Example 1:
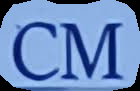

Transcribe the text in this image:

CM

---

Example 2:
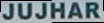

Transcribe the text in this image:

JUJHAR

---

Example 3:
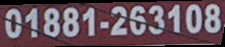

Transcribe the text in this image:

01881-263108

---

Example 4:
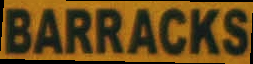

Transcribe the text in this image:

BARRACKS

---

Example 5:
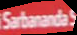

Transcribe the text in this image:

Sarbananda